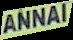
ANNAI